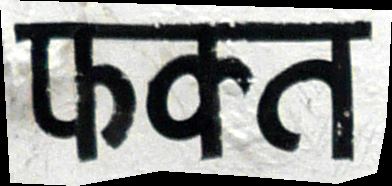
फक्त